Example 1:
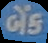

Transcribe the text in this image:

બેંક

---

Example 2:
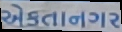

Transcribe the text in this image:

એકતાનગર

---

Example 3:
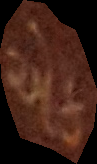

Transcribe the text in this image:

એક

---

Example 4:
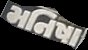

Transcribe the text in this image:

મનિષા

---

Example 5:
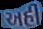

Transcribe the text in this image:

અહી